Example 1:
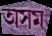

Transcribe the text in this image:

অসম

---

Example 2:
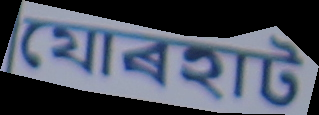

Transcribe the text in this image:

যোৰহাট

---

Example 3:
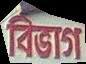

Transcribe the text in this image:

বিভাগ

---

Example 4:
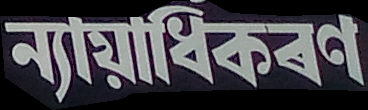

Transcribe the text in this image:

ন্যায়াধিকৰণ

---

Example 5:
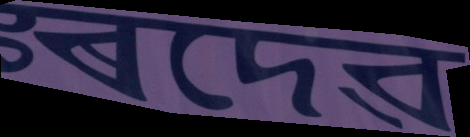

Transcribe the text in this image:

ৰদেৱ